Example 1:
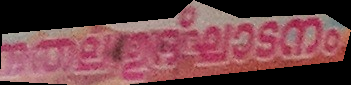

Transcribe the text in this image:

നതലഉദ്‌ഘാടനം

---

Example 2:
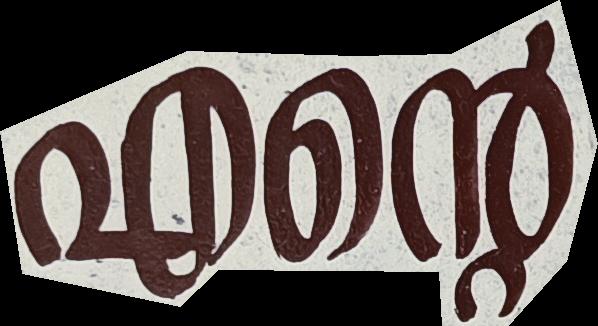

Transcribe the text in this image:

എൻ്റെ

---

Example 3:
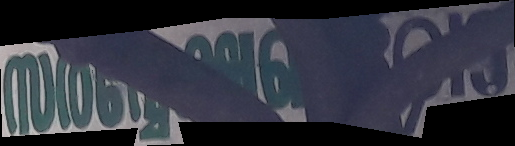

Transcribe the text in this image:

സർവ്വേക്ഷൺ 2019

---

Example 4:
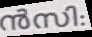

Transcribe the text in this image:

ൻസി:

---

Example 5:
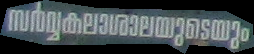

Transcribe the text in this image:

സർവ്വകലാശാലയുടെയും